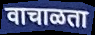
वाचळता